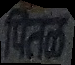
पितळ